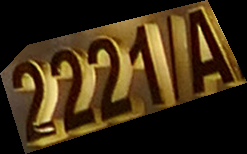
2221/A